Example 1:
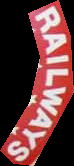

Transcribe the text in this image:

RAILWAYS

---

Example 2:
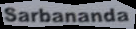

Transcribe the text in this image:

Sarbananda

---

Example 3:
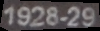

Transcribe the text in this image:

1928-29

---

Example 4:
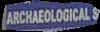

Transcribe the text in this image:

ARCHAEOLOGICAL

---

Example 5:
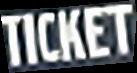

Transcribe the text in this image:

TICKET